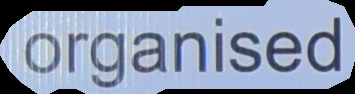
organised